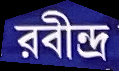
রবীন্দ্র